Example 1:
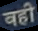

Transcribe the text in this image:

वही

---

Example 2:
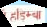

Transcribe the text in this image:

हड़िम्बा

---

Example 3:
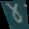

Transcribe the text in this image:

४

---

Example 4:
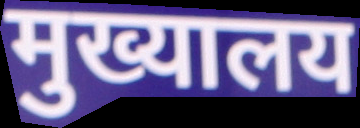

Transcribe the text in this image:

मुख्यालय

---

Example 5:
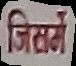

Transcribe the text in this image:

जिसमें